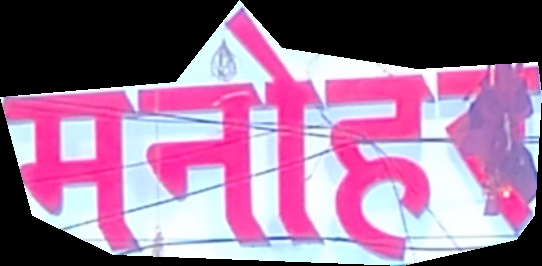
मनोहर